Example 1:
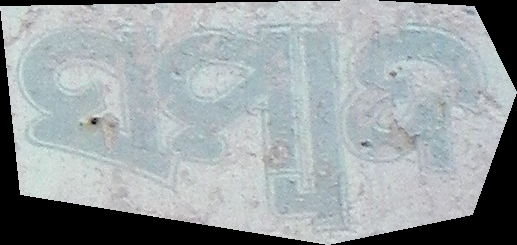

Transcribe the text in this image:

ସମ୍ବାଦ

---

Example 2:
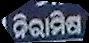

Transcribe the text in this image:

'ନିରାମିଷ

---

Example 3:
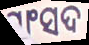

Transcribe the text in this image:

ସଦ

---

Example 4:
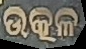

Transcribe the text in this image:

ଉତ୍କଳ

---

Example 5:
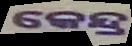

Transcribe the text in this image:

କେନ୍ଦ୍ର